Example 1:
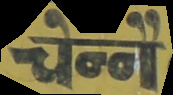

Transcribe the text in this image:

चेन्नै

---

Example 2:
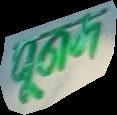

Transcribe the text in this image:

पूनम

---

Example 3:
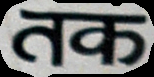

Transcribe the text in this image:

तक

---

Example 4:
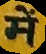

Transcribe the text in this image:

में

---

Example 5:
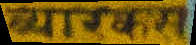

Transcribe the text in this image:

ब्यारकस